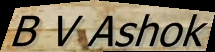
BVAshok